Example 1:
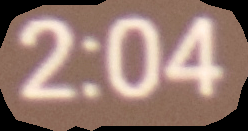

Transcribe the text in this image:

2:04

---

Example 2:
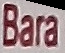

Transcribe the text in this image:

Bara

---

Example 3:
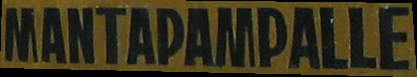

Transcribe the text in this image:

MANTAPAMPALLE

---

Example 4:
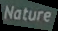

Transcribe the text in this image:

Nature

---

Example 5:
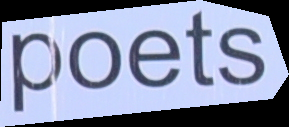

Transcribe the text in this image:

poets